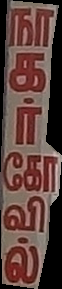
நாகா்கோவில்